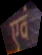
एवं